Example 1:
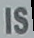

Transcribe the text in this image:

IS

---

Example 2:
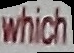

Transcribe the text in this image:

which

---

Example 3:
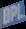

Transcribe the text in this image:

BPL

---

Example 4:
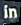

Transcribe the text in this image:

in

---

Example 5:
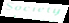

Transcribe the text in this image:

Society